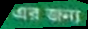
এরজন্য